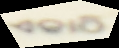
ଏକାଠି